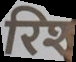
रिश